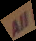
All